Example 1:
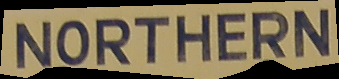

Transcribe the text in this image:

NORTHERN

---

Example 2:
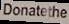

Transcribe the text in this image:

Donatethe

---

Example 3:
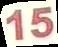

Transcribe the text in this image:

15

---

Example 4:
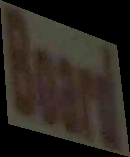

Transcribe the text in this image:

Board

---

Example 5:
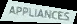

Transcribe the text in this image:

APPLIANCES